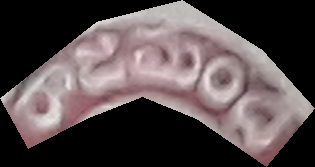
రాజమండ్రి